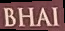
BHAI